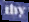
thy